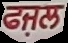
ਫਜ਼ਲ